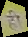
ही